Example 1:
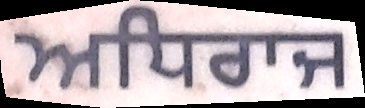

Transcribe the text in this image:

ਅਧਿਰਾਜ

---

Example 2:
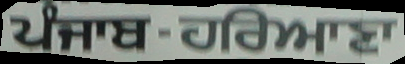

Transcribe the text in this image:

ਪੰਜਾਬ-ਹਰਿਆਣਾ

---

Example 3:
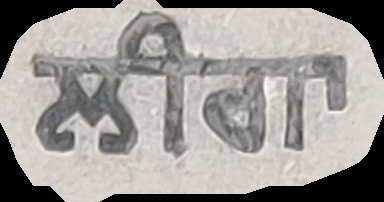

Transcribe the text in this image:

ਲੀਗਾ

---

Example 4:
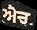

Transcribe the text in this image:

ਐਚ.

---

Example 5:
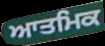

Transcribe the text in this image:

ਆਤਮਿਕ